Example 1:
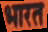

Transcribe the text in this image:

भारत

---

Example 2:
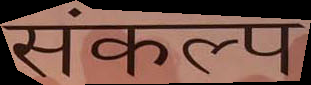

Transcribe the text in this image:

संकल्प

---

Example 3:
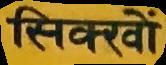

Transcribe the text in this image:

सिक्खों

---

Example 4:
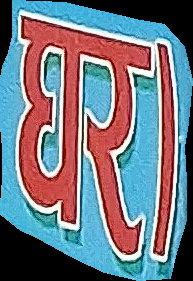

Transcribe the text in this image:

घर।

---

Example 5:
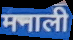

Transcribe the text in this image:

मनाली